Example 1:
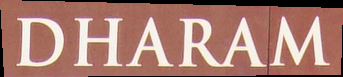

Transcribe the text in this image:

DHARAM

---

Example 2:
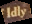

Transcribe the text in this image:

Idly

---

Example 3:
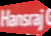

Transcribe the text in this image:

Hansraj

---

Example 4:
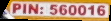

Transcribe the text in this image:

PIN:560016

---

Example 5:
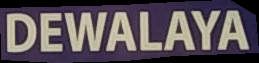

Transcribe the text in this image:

DEWALAYA